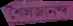
শৈলজানন্দ